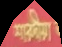
শারদীয়া